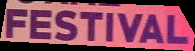
इंडा।१४।।